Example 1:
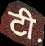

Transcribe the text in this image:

टी.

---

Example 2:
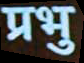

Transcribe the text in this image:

प्रभु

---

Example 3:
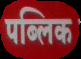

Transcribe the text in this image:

पब्लिक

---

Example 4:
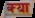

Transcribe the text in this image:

क्या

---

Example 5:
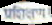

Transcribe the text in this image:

प्रशिक्षण